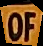
OF